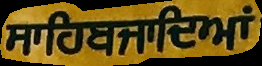
ਸਾਹਿਬਜਾਦਿਆਂ